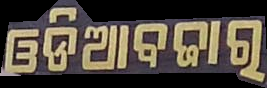
ଓଡିଆବଜାର